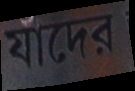
যাদের